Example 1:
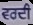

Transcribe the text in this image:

ਵਰਦੀ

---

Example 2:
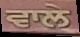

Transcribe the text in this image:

ਵਾਲੇ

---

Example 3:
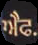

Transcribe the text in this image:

ਐਫ.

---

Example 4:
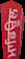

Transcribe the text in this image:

ਮਾਡਿਉਲ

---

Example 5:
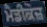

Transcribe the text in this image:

ਮੈਡੀਕੇਜ਼